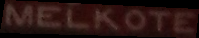
MELKOTE